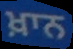
ਖ਼ਾਨ